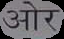
ओर